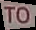
TO